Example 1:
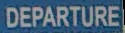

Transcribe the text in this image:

DEPARTURE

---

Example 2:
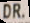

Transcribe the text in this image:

DR.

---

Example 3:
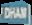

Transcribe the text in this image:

DHAM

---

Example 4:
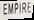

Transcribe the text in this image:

EMPIRE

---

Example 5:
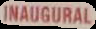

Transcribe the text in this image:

INAUGURAL